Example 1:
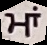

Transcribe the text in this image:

ਮਾਂ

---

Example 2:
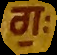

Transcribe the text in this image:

ਗੁਃ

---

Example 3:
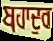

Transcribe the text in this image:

ਬਹਾਦੁਰ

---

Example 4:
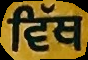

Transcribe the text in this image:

ਵਿੱਥ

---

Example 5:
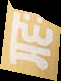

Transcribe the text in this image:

ਸਵ